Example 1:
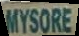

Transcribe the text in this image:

MYSORE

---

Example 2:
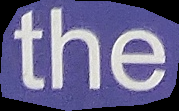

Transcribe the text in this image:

the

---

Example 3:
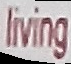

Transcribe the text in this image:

living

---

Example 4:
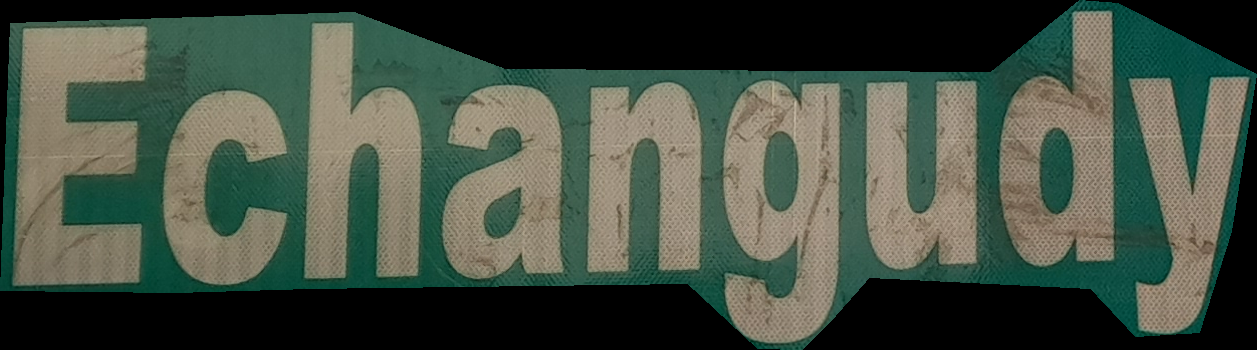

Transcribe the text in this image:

Echangudy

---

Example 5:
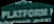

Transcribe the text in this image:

PLATFORM